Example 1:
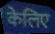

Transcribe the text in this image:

केलिए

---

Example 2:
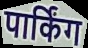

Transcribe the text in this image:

पार्किंग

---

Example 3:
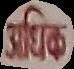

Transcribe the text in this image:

अधिक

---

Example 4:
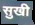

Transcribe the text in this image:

सुखी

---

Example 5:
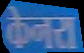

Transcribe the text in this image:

केनरा